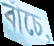
বাচে,